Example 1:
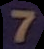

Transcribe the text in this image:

7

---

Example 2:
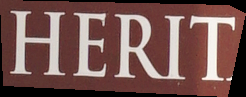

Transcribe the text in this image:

HERIT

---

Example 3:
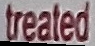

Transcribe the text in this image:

treated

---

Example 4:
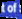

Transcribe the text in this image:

of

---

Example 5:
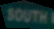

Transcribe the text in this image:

SOUTH